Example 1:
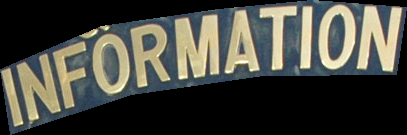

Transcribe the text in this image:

INFORMATION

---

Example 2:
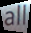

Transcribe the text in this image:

all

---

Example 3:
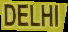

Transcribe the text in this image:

DELHI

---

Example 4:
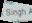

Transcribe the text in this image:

Singh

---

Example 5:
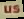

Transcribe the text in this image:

us